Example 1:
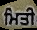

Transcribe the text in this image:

ਮਿਤੀ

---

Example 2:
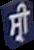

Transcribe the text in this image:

ਸ੍ਰੀ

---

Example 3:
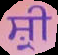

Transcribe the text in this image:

ਸ਼੍ਰੀ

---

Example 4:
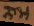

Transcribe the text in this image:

ਨਾਮ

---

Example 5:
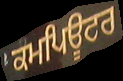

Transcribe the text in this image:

ਕਮਪਿਊਟਰ